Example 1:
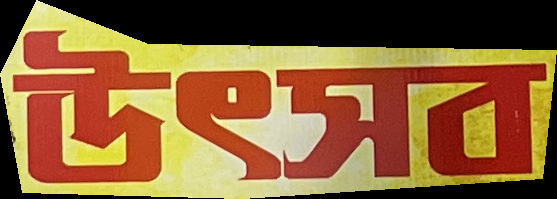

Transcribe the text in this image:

উৎসব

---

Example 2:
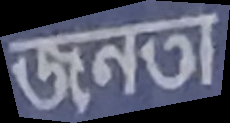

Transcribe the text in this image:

জনতা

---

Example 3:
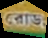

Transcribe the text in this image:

রোড.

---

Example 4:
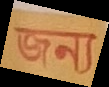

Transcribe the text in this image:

জন্য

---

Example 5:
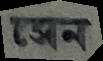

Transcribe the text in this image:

অেন